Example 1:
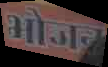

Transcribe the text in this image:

भोजन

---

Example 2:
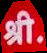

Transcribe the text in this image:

श्री.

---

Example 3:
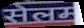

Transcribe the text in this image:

सेलम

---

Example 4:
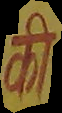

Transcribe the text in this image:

की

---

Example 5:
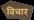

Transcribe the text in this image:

विचार